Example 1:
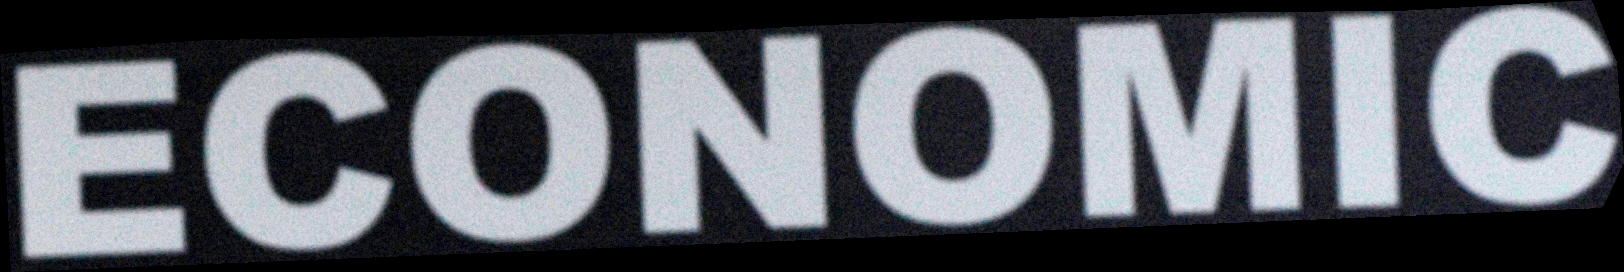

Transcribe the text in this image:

ECONOMIC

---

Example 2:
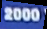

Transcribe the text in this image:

2000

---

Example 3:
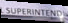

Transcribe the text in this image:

SUPERINTEND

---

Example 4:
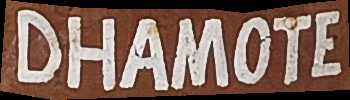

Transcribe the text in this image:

DHAMOTE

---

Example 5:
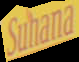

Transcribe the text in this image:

Suhana